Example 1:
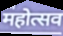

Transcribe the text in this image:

महोत्सव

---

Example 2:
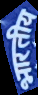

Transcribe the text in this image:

भारतीय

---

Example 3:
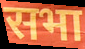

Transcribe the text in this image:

सभा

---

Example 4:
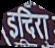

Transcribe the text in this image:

इन्दिरा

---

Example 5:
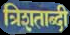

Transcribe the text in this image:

त्रिशताब्दी